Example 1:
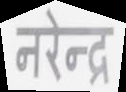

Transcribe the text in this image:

नरेन्द्र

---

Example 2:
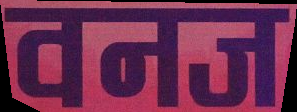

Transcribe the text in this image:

वनज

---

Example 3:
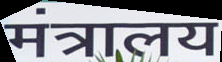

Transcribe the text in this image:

मंत्रालय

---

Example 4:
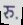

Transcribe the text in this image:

रु.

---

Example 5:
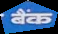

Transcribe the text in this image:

बैंक